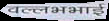
वल्लभभाई